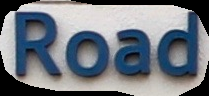
Road